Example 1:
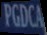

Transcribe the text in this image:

PGDCA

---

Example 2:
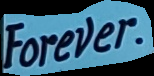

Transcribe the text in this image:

Forever.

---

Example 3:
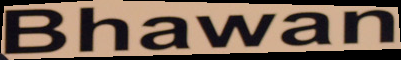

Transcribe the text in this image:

Bhawan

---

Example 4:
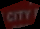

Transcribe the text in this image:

CITY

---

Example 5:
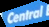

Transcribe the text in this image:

Central